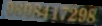
9808417298